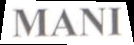
MANI